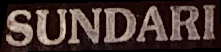
SUNDARI